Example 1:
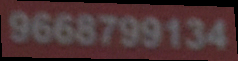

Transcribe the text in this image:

9668799134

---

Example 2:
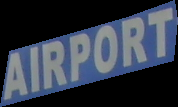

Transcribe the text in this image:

AIRPORT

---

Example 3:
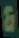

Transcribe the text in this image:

&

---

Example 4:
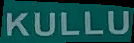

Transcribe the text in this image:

KULLU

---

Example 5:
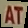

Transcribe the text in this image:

AT